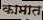
कामात